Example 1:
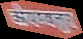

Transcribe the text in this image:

कोयम्बतूर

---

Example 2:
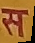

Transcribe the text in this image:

स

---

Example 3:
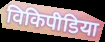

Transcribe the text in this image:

विकिपीडिया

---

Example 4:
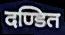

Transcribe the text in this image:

दण्डित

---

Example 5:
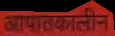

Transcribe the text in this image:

आपातकालीन